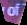
of